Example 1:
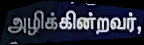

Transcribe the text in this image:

அழிக்கின்றவர்,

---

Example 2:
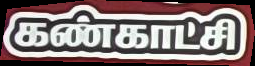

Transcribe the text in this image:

கண்காட்சி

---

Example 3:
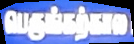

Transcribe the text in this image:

பெருங்கற்கால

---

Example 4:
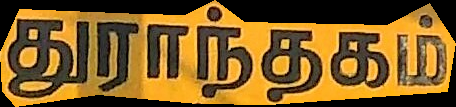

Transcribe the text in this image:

துராந்தகம்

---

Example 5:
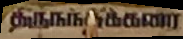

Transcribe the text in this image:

திருநந்திக்கரை